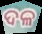
ଦଳ